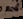
AV